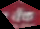
बैक